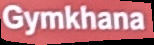
Gymkhana